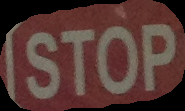
STOP